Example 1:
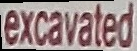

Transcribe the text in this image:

excavated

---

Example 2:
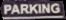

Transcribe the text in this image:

PARKING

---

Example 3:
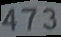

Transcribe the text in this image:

473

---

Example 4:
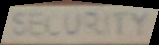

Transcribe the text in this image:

SECURITY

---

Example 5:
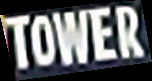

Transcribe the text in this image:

TOWER